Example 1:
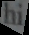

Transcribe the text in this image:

hi.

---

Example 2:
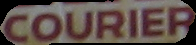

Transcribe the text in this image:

COURIER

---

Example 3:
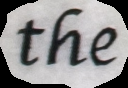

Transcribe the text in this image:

the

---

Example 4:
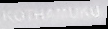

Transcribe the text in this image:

KOTHAMUKU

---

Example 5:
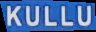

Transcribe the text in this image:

KULLU